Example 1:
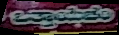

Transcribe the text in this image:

ಒತ್ತಾಯಚಂ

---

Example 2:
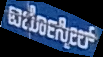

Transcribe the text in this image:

ತುರ್ಬೋಸ್ಟೀಲ್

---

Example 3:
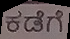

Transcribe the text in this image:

ಕಡೆಗೆ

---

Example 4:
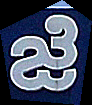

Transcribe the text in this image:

ಜೆ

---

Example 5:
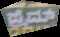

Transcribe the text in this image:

ಪ್ರೈಮ್